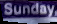
Sunday